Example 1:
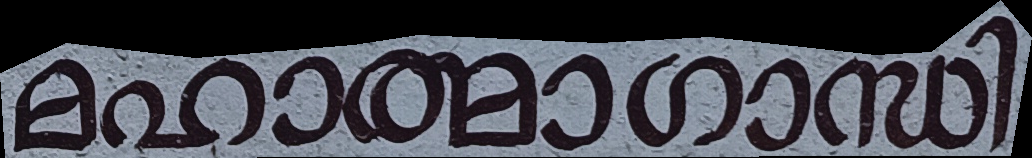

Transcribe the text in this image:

മഹാത്മാഗാന്ധി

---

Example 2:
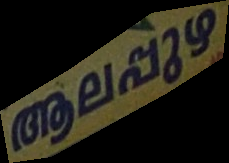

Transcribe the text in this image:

ആലപ്പുഴ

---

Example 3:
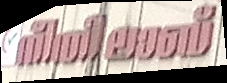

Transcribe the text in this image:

നീതിലാണ്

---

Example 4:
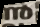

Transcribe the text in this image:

ൻ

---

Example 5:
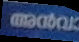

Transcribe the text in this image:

അൻവ